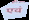
एवं